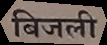
बिजली